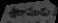
శ్రీరాముడు